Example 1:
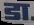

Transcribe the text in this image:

डा.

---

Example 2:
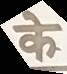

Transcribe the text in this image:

के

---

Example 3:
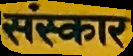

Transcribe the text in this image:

संस्कार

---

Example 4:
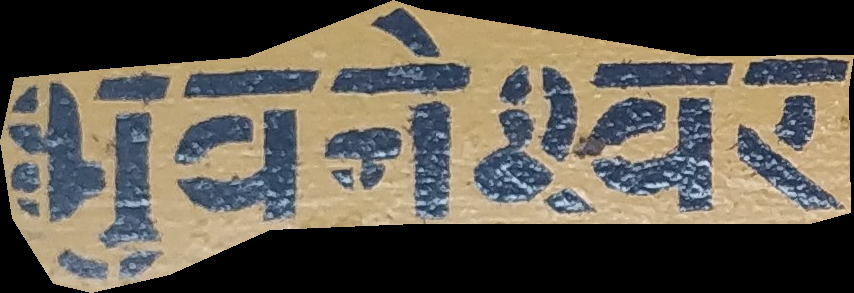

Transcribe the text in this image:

भुवनेश्वर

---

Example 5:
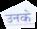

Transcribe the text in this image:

उनके